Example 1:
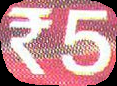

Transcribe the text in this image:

₹ 5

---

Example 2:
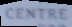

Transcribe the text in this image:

CENTRE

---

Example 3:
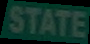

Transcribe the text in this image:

STATE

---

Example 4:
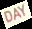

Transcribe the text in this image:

DAY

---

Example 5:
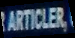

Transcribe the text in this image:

ARTICLER,